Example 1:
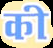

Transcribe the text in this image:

क‍ी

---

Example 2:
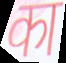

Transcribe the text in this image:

का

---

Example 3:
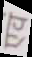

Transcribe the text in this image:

एवं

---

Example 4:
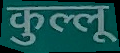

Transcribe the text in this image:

कुल्लू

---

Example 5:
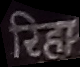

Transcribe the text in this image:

रिहा